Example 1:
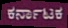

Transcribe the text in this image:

ಕರ್ನಾಟಕ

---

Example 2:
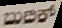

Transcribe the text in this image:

ಬುಱಕ್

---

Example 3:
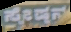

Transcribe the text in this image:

ಸ್ಟೇಷನ್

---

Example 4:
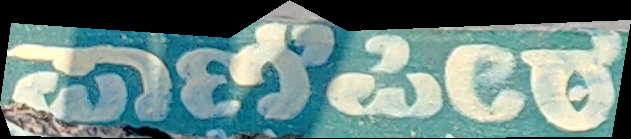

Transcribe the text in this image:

ಪಾಣಿಪೀಠ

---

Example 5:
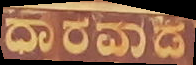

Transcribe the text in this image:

ಧಾರವಾಡ